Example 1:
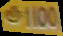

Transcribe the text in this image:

௹ 1100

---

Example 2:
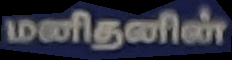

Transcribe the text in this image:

மனிதனின்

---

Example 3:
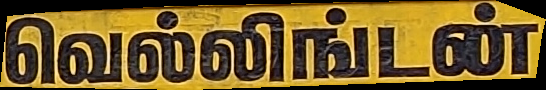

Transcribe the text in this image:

வெல்லிங்டன்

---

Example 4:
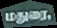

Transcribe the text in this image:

மதுரை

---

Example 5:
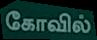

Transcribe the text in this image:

கோவில்